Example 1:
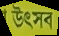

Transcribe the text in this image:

উৎসব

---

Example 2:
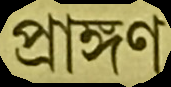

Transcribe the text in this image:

প্রাঙ্গণ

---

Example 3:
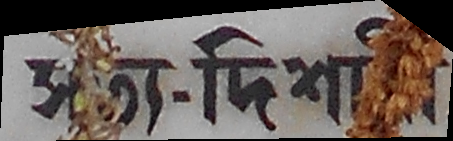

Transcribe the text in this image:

ত্য-দিশা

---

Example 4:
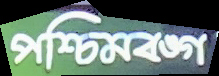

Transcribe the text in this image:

পশ্চিমবঙ্গ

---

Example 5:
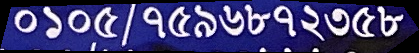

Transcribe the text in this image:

- ০১০৫/৭৫৯৬৮৭২৩৫৮